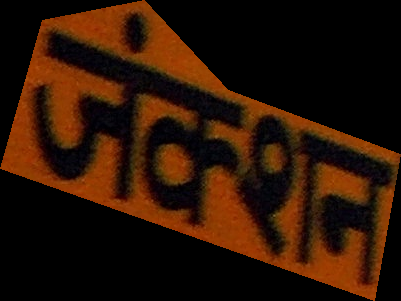
जंक्शन